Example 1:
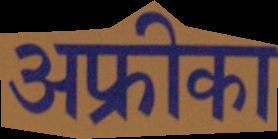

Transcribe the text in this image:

अफ्रीका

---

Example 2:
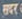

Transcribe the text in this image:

सदर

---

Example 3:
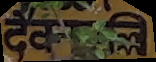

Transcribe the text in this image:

देवनहल्लि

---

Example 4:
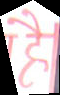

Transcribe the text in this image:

है।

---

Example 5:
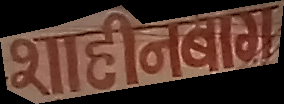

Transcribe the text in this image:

शाहीनबाग